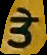
ਤੇ